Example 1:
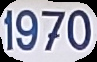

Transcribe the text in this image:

1970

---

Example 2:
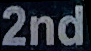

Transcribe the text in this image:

2nd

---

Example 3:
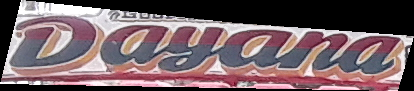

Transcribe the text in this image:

Dayana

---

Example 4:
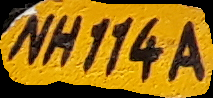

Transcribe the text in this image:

NH114A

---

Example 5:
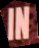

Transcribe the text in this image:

IN